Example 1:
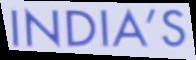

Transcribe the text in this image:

INDIA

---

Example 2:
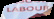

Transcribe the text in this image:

LABOUR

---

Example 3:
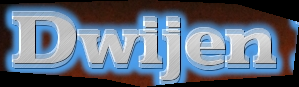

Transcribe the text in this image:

Dwijen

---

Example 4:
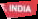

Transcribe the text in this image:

INDIA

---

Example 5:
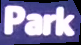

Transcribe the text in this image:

Park